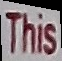
This